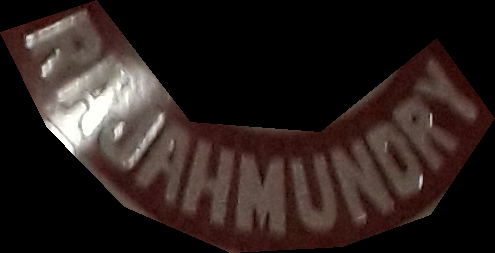
RAJAHMUNDRY